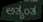
ಅತ್ಯಂತ